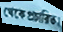
থেকে প্রচারিত।